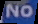
NO